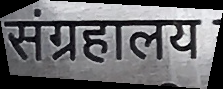
संग्रहालय